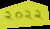
২০২২